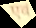
एवं